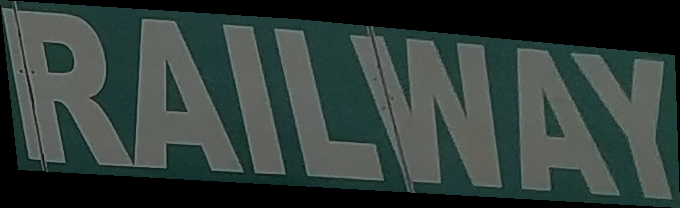
रबाजाचा